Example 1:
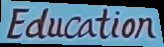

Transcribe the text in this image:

Education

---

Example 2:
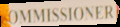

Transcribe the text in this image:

OMMISSIONER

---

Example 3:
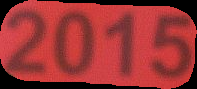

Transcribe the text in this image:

2015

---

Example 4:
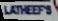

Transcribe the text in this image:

LATHEEF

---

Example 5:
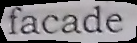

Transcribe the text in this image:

facade